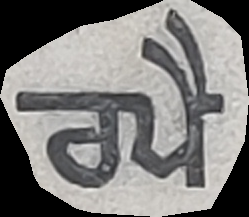
ਰਪੈ